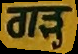
ਗੜ੍